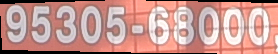
95305-68000,